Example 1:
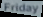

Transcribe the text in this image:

Friday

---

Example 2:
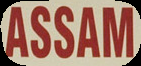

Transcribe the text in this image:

ASSAM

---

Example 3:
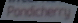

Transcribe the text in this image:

Pondicherry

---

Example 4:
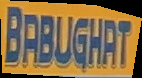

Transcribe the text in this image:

BABUGHAT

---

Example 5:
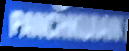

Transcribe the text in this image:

PANCHKUAN